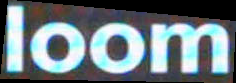
loom